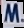
M.